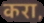
करा,